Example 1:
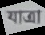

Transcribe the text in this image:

যাত্রা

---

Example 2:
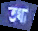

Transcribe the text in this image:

তথা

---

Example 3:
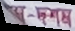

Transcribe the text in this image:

নবম-দশম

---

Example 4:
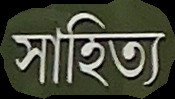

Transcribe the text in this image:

সাহিত্য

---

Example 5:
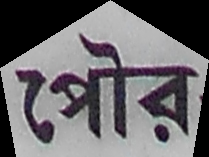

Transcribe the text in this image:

গৌর